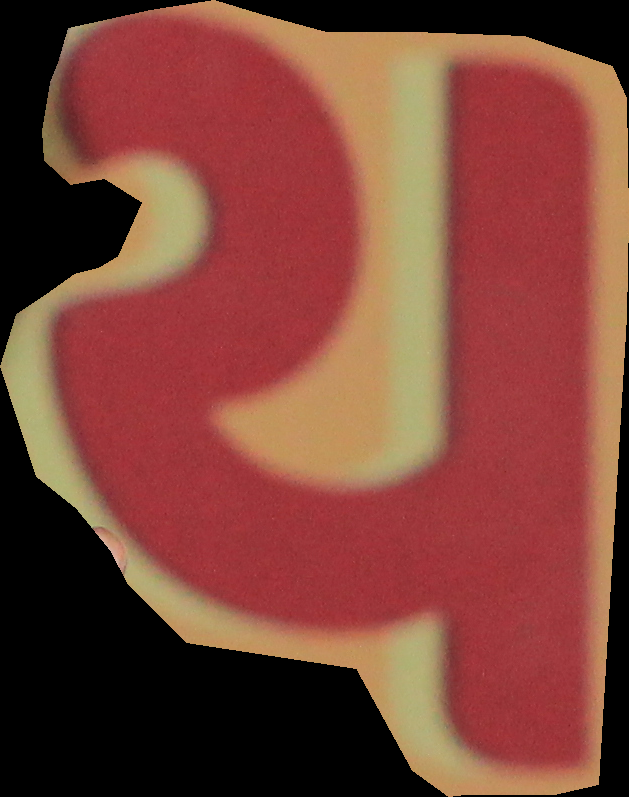
ય